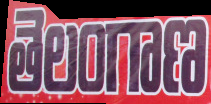
తెలంగాణ